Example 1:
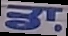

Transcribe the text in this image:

ਡਾ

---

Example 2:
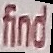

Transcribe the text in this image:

੧੦੦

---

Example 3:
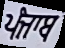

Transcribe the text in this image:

ਪੰਜਾਬ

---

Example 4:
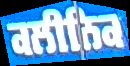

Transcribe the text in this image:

ਕਲੀਨਿਕ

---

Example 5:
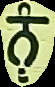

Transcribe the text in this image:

ਨੂੰ